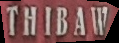
THIBAW